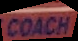
COACH